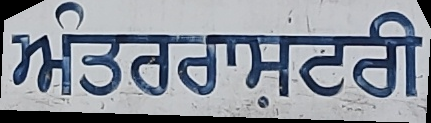
ਅੰਤਰਰਾਸ਼ਟਰੀ